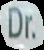
Dr.